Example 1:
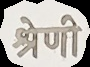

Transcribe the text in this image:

श्रेणी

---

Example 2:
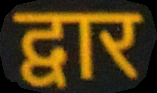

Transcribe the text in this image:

द्वार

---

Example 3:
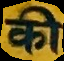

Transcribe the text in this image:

क‍ी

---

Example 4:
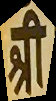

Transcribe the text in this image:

श्री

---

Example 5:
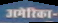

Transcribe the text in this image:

अमेरिका-